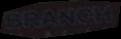
BRANCH